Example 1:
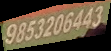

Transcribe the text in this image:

9853206443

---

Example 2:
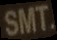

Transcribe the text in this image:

SMT.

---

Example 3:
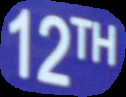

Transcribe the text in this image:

12TH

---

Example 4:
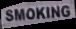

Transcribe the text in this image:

SMOKING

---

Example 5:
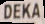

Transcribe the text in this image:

DEKA